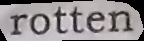
rotten